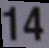
14